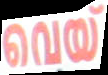
വെയ്